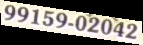
99159-02042